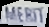
MERIT